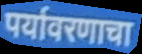
पर्यावरणाचा